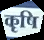
कृषि